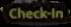
Check-In